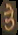
ਤੇ